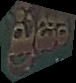
ప్రజా